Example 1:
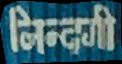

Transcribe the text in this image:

जिन्दगी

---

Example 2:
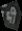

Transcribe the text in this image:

भी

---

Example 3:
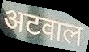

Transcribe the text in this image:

अटवाल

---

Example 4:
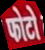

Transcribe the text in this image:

फोटो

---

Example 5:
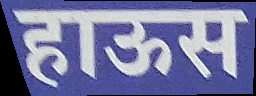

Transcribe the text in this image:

हाऊस